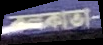
কলকাতা